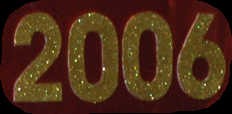
2006